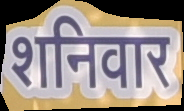
शनिवार